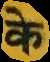
के